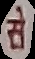
से